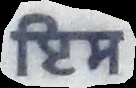
ਇਸ